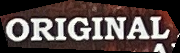
ORIGINAL